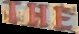
THE